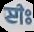
ਈ: